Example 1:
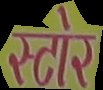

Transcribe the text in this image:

स्टोर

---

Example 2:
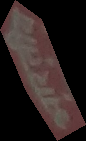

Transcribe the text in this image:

भारतीय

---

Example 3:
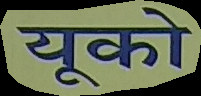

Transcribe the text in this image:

यूको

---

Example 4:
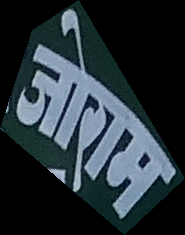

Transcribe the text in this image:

जाराम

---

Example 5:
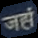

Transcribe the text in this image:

जहां